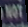
NOT